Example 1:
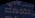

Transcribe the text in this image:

ಮಾಯ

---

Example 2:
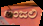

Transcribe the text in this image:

ಉಜಲಿ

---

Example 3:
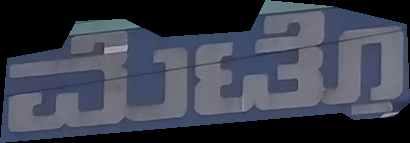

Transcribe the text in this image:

ಮಟೆಂ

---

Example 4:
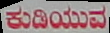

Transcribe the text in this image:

ಕುಡಿಯುವ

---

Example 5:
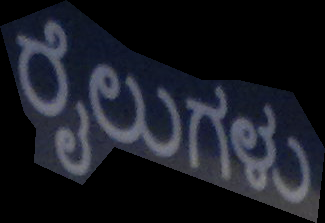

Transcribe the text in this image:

ರೈಲುಗಳು